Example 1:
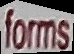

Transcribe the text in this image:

forms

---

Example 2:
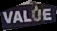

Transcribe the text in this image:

VALUE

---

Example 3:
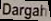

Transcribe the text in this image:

Dargah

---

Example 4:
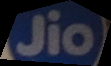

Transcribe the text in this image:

Jio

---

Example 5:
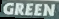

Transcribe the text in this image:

GREEN